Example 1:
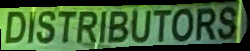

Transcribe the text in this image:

DISTRIBUTORS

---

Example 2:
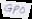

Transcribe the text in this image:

GPO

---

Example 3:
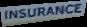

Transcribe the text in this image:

INSURANCE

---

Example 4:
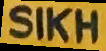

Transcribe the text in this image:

SIKH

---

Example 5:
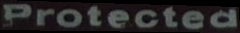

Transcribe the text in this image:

Protected